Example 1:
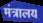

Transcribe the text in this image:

मंत्रालय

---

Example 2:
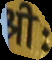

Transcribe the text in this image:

श्रीः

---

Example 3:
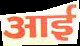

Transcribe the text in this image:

आई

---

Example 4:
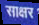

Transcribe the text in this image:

साक्षर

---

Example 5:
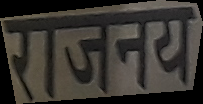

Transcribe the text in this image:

राजनय